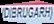
DIBRUGARH)